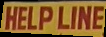
HELPLINE